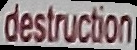
destruction